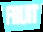
FRUIT